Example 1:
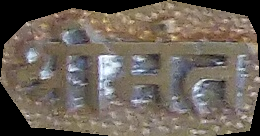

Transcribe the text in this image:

श्रीमंत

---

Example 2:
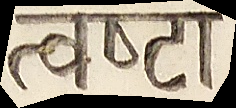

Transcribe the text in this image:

त्वष्टा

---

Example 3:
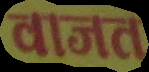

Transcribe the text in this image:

वाजत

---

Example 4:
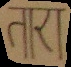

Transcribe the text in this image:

तारा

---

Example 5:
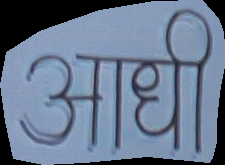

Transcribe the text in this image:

आधी